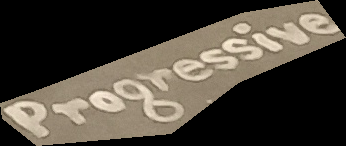
Progressive